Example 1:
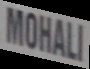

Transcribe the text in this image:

MOHALI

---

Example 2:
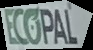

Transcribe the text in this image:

ECOPAL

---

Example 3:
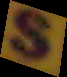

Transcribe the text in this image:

S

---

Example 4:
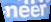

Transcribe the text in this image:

neer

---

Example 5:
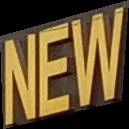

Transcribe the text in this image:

NEW